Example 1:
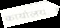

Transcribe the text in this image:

कार्यालय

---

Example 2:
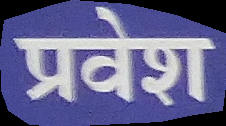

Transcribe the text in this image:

प्रवेश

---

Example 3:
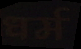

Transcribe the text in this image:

धर्म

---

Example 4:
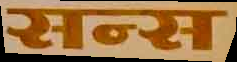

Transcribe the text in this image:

सन्स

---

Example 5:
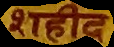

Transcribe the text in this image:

शहीद